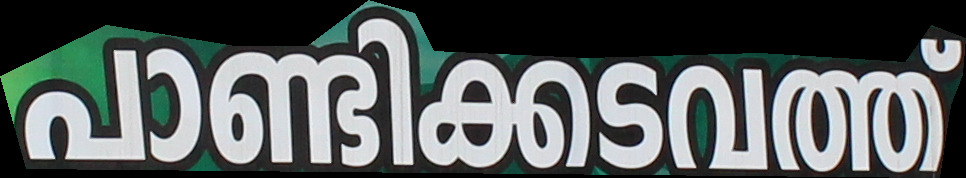
പാണ്ടിക്കടവത്ത്